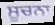
ਸੂਚਨਾ